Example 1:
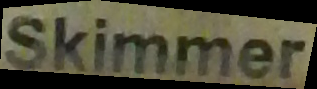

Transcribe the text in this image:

Skimmer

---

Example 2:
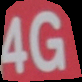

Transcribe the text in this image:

4G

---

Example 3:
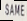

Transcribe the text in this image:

SAME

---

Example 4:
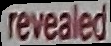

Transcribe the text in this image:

revealed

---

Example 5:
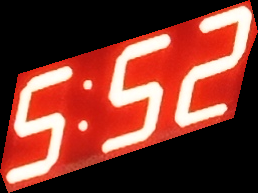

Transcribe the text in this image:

5:52